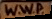
W.W.P.